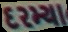
દરમ્યા